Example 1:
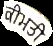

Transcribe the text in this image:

ਕੀਮਤੀ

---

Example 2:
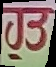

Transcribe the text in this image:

ਹੁਤ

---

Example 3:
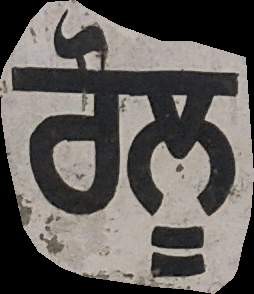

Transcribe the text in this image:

ਰੇਲੂ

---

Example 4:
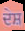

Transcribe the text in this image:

ਦੇਸ਼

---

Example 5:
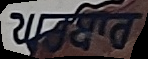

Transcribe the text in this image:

ਘਰਬਾਰ